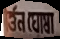
শুন ঘোষা